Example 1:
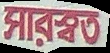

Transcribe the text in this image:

সারস্বত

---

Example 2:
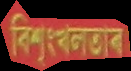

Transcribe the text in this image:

বিশৃংখলতাৰ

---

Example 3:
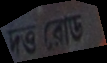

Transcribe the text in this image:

দত্ত রোড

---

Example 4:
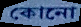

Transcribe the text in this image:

কোনো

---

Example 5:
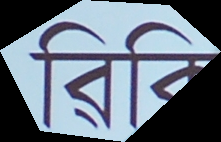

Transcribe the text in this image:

ৱিকি